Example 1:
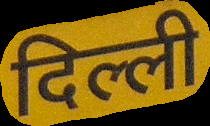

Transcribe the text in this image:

दिल्ली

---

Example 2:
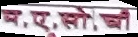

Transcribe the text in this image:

म.ए.सो.ची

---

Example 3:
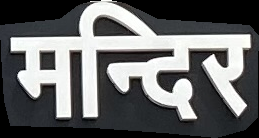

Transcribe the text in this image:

मन्दिर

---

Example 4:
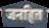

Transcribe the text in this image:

जनहित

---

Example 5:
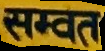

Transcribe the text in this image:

सम्वत